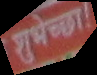
शुभेच्छा !